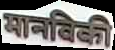
मानविकी